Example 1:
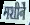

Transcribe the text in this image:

मशीने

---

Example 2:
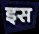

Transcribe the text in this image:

इस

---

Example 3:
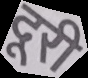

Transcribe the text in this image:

दूरी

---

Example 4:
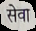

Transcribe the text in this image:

सेवा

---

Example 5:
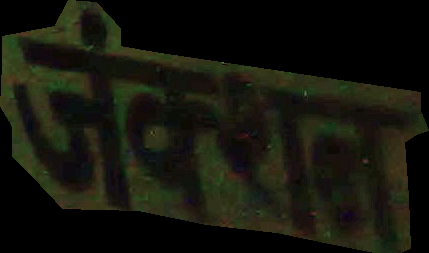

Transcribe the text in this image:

जंक्शन